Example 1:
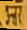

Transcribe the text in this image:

उत्तर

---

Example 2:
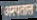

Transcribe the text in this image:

अस्पताल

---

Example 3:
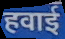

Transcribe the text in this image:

हवाई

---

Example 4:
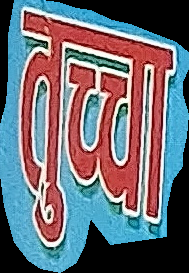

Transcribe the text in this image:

तुच्चा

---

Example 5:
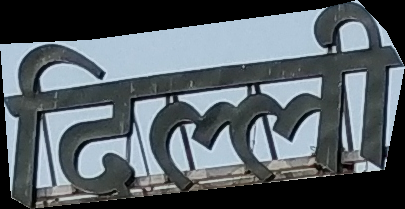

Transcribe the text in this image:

दिल्ली